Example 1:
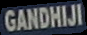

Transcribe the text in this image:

GANDHIJI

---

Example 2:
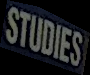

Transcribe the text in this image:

STUDIES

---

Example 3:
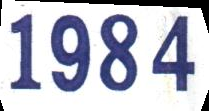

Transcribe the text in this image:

1984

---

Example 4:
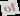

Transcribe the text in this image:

of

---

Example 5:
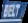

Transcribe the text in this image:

BELT